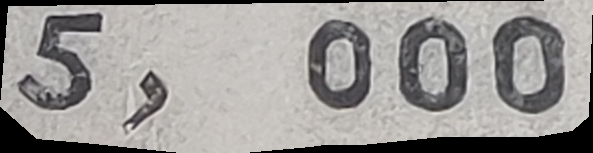
5,000